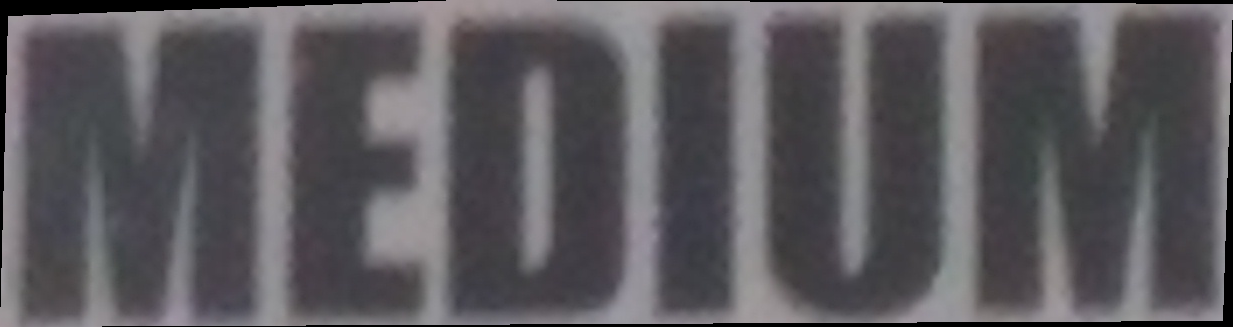
MEDIUM